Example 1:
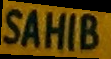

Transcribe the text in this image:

SAHIB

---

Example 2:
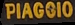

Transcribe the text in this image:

PIAGGIO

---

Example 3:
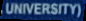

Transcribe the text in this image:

UNIVERSITY)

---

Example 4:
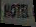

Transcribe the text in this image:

HOTEL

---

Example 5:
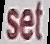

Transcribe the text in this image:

set